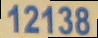
12138